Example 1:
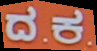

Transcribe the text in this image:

ದ.ಕ.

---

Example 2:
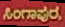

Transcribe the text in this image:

ಸಿಂಗಾಪುರ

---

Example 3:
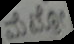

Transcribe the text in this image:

ಮೆಟ್ರೋ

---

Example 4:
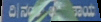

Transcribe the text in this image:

ದಿನಯ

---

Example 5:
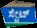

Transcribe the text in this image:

ಸ್ಟೇಟ್